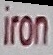
iron